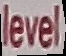
level